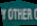
OTHER